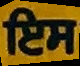
ਇਸ